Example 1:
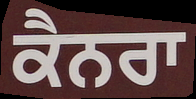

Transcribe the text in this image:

ਕੈਨਰਾ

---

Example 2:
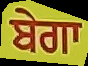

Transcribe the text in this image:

ਬੇਗਾ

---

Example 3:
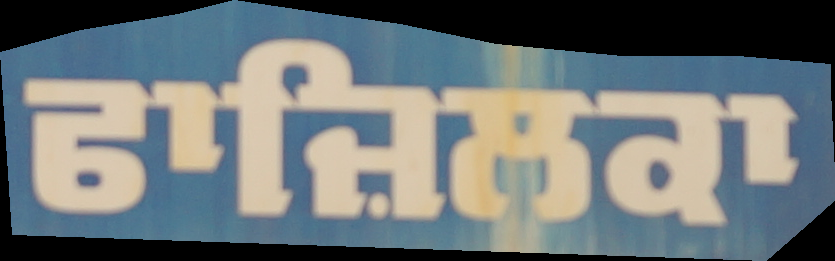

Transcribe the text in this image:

ਫਾਜਿਲਕਾ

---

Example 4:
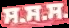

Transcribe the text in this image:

ਸ.ਸ.ਸ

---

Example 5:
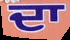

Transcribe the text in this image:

ਦਾ